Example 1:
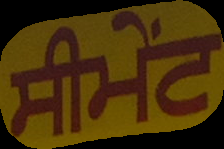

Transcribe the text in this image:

ਸੀਮੇਂਟ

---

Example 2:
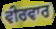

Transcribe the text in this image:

ਵੀਰਵਾਰ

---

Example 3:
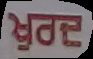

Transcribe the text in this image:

ਖੁਰਦ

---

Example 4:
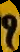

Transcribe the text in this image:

੧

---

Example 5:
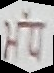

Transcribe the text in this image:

ਮੱਧ